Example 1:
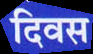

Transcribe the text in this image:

दिवस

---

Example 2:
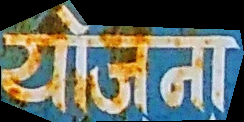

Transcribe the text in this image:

योजना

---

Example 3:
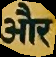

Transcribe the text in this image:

और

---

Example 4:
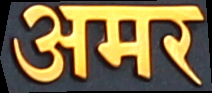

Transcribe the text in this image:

अमर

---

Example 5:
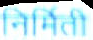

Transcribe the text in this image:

निर्मिती